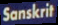
Sanskrit